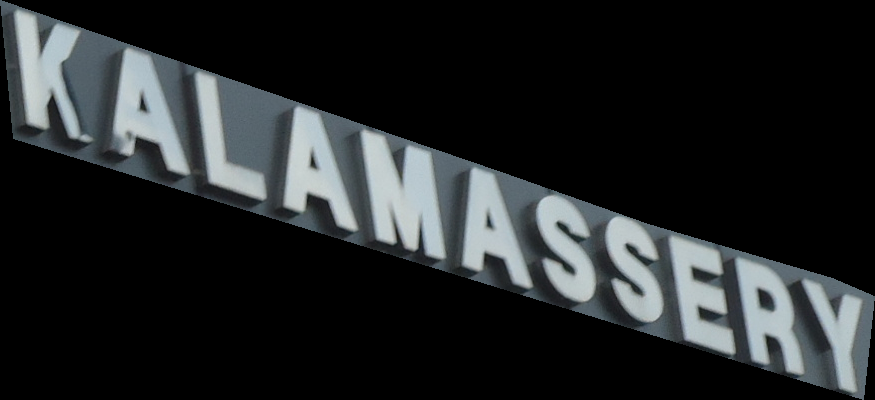
KALAMASSERY